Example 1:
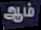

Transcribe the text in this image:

ஆம்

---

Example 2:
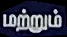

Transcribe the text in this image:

மற்றும்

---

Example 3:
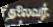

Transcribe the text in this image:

தலேவர்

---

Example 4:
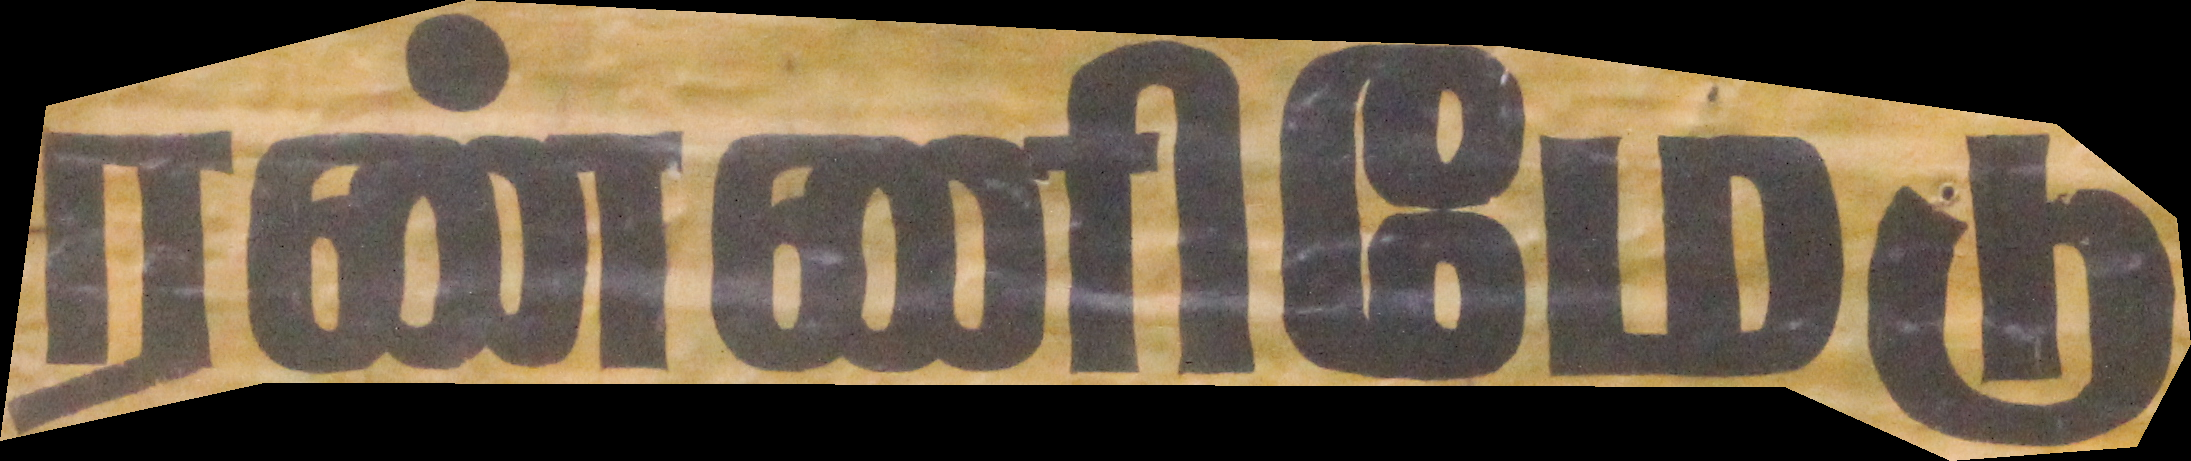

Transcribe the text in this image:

ரண்ணிமேடு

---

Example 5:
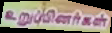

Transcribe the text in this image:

உறுப்பினர்கள்